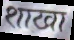
शाखा